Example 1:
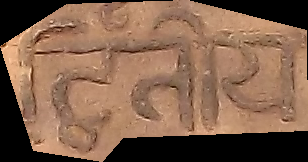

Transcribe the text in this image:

द्वितीय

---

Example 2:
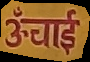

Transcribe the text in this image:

ऊँचाई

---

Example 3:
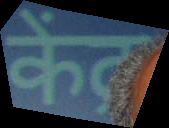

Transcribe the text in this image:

कें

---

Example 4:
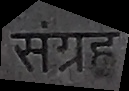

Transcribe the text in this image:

संग्रह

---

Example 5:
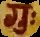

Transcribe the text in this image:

गुः